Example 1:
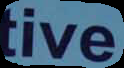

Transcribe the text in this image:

tive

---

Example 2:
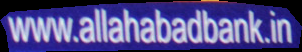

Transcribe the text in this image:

www.allahabadbank.in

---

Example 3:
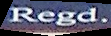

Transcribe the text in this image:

Regd.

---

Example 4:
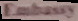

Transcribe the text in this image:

Embassy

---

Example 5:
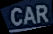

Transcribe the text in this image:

CAR